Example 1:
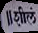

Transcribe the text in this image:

॥शीलं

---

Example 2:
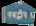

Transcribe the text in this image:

नबद्वीप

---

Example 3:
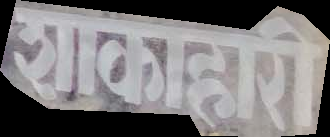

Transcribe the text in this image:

शाकाहारी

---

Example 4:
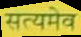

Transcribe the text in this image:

सत्यमेव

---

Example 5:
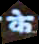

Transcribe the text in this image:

के